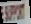
SUPPORT